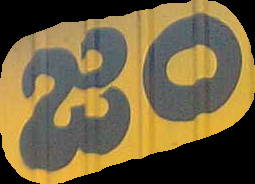
జం